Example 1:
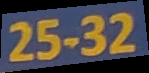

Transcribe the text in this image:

25-32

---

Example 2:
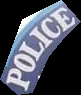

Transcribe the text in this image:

POLICE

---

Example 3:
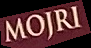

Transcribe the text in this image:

MOJRI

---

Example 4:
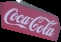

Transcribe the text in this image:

Coca-Cola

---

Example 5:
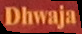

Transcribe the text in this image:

Dhwaja